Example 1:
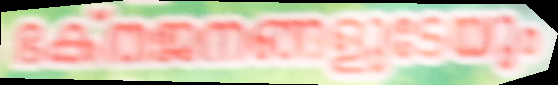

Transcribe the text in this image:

ഭക്‌തജനങ്ങളുടേയും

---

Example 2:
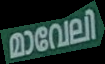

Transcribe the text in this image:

മാവേലി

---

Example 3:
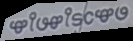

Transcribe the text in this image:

കൊടുക്കുക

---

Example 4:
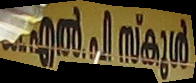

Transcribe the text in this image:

എൽ.പിസ്‌കൂൾ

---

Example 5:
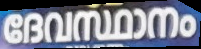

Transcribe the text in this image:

ദേവസ്ഥാനം